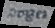
సంబ్టణ